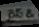
రైస &